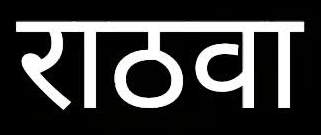
राठवा